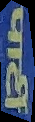
पाटी